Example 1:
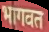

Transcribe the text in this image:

भागवत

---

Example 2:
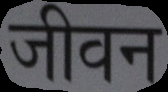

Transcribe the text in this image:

जीवन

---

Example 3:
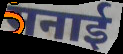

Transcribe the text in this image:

पनाई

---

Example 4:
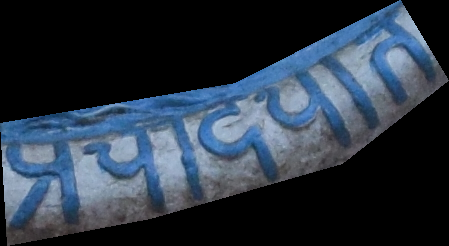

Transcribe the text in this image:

प्रचादयात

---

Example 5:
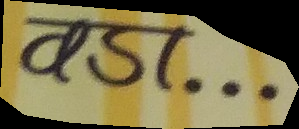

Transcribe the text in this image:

वडा...